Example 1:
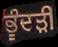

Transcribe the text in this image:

ਭੂੰਦੜੀ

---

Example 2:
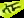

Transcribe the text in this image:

ਜੇ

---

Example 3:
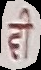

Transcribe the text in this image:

ਵੀ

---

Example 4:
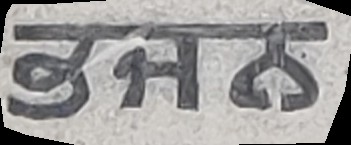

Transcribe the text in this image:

ਭਜਨ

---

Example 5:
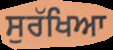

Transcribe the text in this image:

ਸੁਰੱਖਿਆ